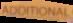
ADDITIONAL